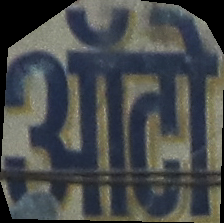
ऑटो